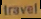
travel